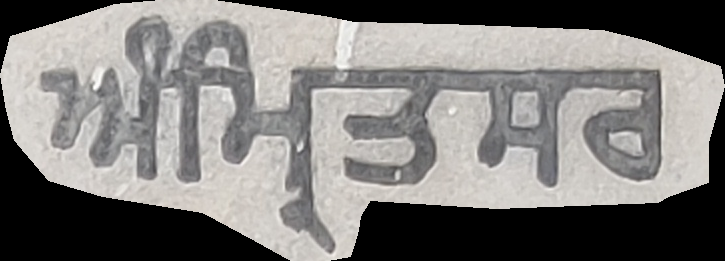
ਅੰਮ੍ਰਿਤਸਰ